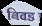
बिवड